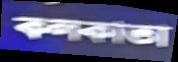
কলকাতা